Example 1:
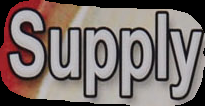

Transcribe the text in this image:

Supply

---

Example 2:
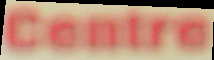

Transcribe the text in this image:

Centre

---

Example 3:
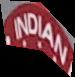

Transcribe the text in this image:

INDIAN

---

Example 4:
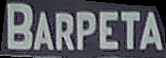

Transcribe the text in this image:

BARPETA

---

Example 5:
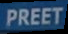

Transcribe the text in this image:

PREET